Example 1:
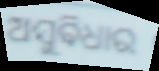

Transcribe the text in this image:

ଅସୁବିଧାର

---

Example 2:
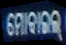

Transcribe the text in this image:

ମୋବାଇଲ୍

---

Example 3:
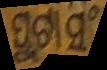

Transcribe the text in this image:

ପୁଟାସିଂ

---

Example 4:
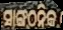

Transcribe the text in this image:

ସାଙ୍ଗଠନିକ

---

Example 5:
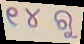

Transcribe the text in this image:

୧୪ ରୁ